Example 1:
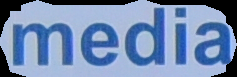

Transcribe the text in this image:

media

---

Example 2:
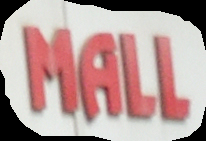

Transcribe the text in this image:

MALL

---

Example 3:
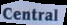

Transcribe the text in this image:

Central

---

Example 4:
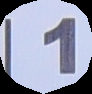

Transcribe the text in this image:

1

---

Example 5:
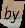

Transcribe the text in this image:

by